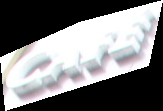
CAFE